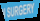
SURGERY